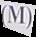
(M)